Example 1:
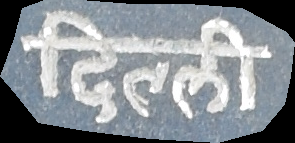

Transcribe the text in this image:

दिल्ली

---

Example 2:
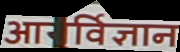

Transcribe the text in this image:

आयुर्विज्ञान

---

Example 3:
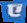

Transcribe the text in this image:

ए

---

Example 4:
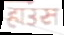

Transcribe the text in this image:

हाउस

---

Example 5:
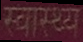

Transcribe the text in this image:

स्वास्थ्य